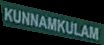
KUNNAMKULAM